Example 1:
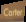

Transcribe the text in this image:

Carter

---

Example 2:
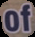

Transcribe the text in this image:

of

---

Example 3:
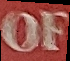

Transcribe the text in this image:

OF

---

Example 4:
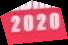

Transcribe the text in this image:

2020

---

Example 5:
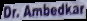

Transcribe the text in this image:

Dr.Ambedkar